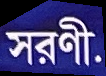
সরণী.